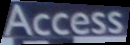
Access